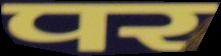
पर